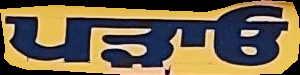
ਪੜਾਓ